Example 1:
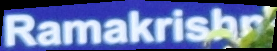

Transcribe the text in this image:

Ramakrishn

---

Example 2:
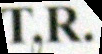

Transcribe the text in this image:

T.R.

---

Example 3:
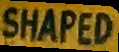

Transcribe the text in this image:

SHAPED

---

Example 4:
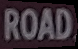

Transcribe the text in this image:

ROAD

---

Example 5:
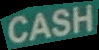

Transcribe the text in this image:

CASH